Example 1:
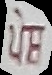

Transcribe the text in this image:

ਪੇਸ਼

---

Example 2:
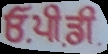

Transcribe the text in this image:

ਓ਼ਪੀ਼ਡੀ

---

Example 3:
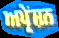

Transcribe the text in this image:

ਅਪ੍ਰੇਂਸਨ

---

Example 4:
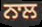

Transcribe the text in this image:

ਨਾਲ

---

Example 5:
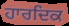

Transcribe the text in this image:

ਹਾਰਦਿਕ